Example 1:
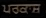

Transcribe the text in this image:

ਪਰਕਾਸ਼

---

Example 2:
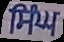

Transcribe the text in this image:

ਸਿੰਘ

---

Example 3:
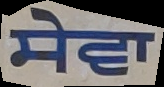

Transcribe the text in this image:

ਸੇਵਾ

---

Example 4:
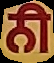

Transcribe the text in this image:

ਨੀ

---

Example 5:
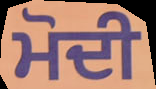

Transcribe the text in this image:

ਮੋਦੀ